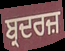
ਬ੍ਰਦਰਜ਼